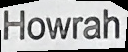
Howrah